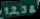
1,2,3&